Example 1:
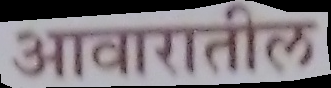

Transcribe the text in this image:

आवारातील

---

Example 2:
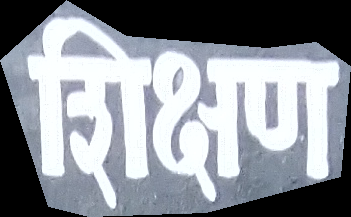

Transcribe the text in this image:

शिक्षण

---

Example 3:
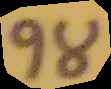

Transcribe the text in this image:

१४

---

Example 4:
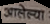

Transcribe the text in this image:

आलेल्या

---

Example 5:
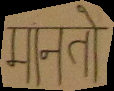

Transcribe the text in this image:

मानतो